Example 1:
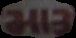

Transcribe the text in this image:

મા३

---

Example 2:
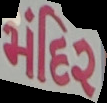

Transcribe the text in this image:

મંદિર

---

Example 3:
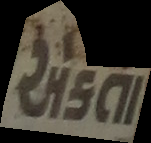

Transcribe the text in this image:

એકતા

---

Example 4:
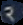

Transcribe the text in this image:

૨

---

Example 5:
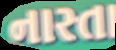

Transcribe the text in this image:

નાસ્તા